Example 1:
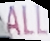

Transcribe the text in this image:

ALL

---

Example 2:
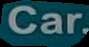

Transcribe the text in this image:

Car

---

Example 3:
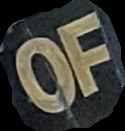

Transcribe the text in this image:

OF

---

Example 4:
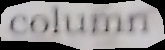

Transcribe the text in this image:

column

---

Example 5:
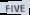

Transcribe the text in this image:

FIVE